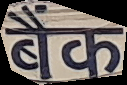
बैंक